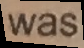
was